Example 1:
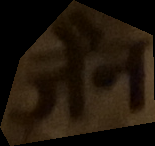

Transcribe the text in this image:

जैन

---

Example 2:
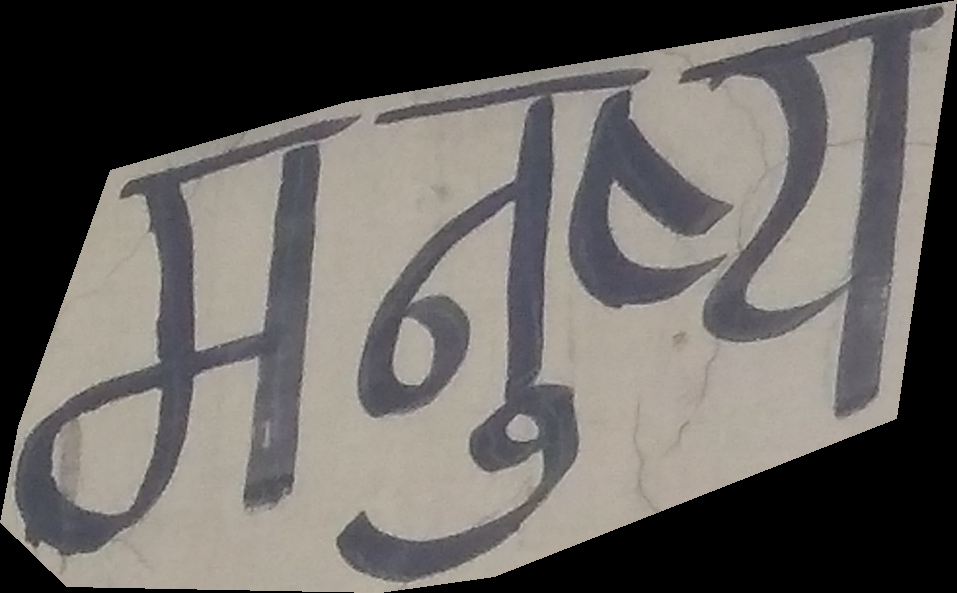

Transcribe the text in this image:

मनुष्य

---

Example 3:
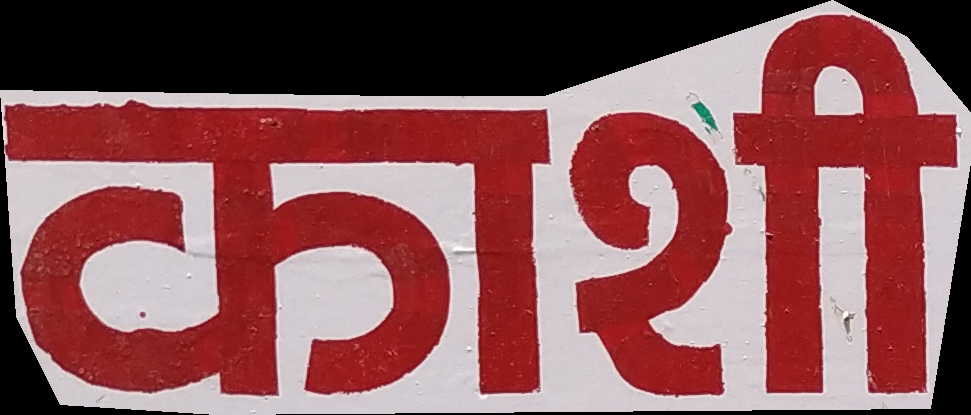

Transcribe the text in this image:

काशी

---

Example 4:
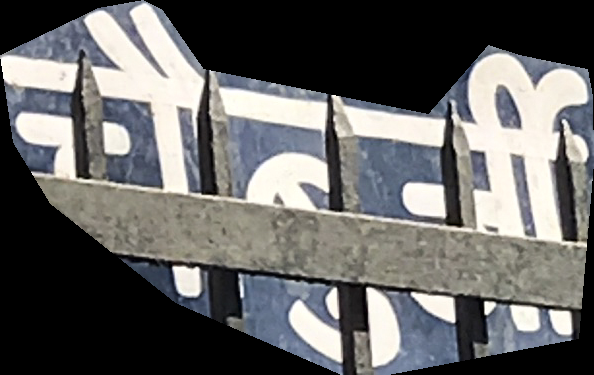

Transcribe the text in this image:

चौबुर्जी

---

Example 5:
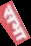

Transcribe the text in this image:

सभा